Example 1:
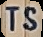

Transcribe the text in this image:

TS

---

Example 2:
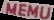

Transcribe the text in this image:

MEMU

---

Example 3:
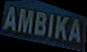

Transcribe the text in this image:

AMBIKA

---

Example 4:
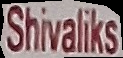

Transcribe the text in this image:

Shivaliks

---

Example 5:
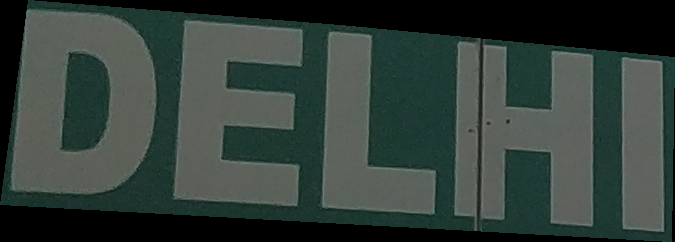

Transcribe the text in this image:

DELHI